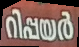
റിപ്പയർ